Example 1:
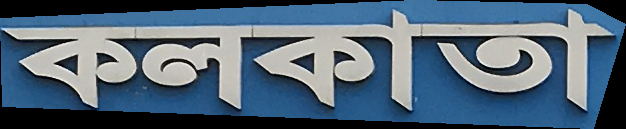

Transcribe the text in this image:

কলকাতা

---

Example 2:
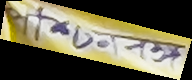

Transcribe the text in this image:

পশ্চিনবঙ্গ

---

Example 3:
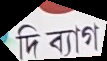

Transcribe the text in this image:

দিব্যাগ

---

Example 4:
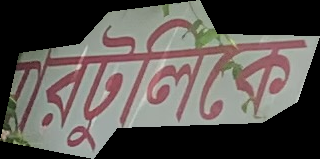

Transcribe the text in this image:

রটুলিকে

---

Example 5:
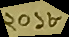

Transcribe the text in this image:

২০১৮